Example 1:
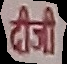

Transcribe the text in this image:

दीजी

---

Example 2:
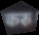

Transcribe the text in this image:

करु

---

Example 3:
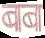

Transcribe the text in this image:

बाबा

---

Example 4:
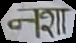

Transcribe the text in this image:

नशा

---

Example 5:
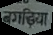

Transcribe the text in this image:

बगड़िया